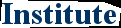
Institute